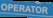
०९६९४००९